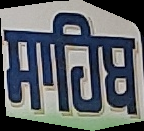
ਸਾਹਿਬ